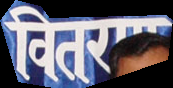
वितर